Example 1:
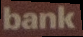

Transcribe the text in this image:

bank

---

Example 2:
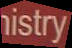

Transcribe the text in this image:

nistry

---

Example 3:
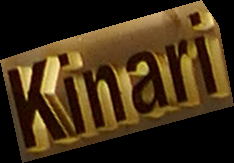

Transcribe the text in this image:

Kinari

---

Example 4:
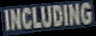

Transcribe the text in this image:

INCLUDING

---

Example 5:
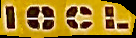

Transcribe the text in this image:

IOCL